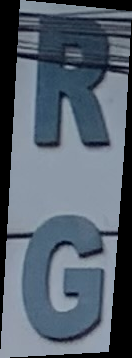
RG